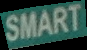
SMART